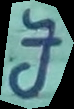
ਹੋ